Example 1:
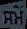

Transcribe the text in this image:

ਸਮੇਂ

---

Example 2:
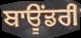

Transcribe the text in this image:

ਬਾਊਂਡਰੀ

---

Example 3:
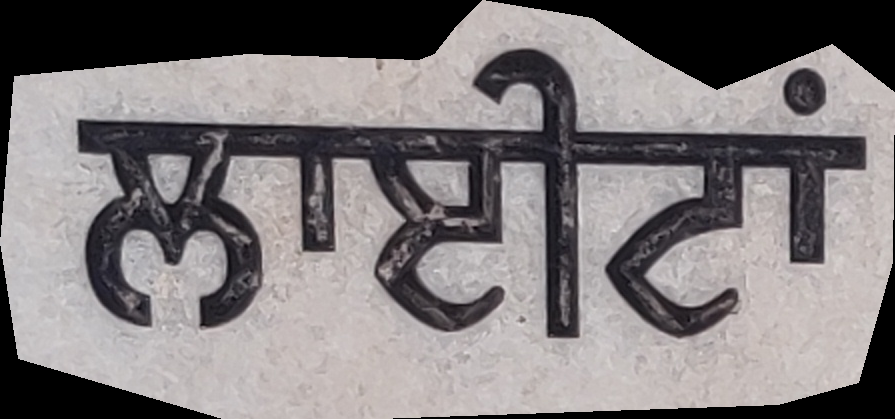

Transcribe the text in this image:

ਲਾਈਟਾਂ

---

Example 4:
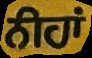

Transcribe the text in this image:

ਨੀਹਾਂ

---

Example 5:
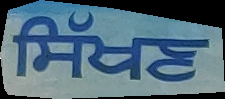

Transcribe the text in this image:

ਸਿੱਖਣ